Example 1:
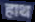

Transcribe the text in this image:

हाथ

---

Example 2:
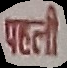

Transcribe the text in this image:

पहली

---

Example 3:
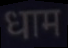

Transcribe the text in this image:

धाम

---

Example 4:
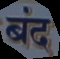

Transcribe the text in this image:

बंद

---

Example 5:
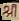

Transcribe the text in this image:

श्री